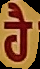
ਹੈ